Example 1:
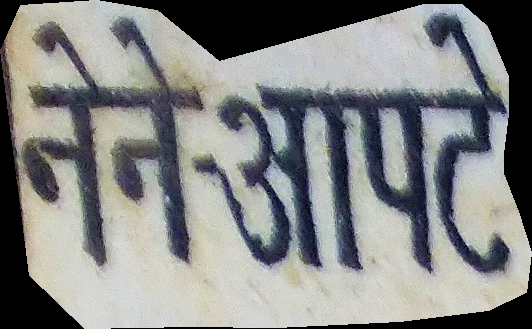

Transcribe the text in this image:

नेने-आपटे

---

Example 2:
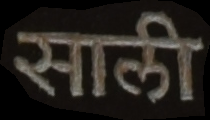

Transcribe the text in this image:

साली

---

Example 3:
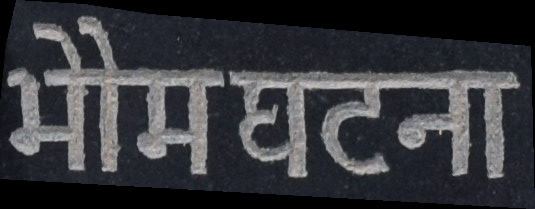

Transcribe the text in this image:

भौम घटना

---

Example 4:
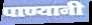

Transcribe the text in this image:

पाण्यानी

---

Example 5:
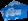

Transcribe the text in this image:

इंडिया